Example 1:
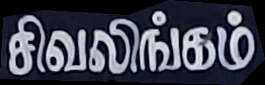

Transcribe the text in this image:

சிவலிங்கம்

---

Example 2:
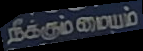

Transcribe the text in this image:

நீக்கும் மையம்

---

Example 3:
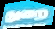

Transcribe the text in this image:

துறை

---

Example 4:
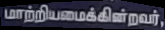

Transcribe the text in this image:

மாற்றியமைக்கின்றவர்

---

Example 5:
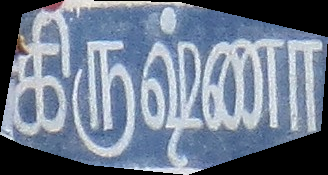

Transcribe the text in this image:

கிருஷ்ணா